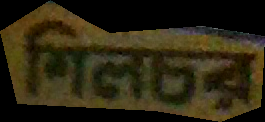
শিলচর